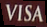
VISA